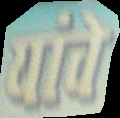
यांचे